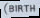
(BIRTH